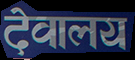
देवालय